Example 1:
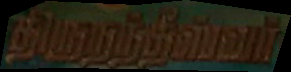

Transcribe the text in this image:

நந்தீஸ்வரர்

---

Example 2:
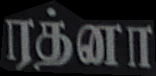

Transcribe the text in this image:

ரத்னா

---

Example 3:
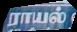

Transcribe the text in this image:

ராயல்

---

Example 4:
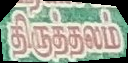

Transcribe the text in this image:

திருத்தலம்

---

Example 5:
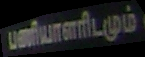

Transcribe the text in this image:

பணியாளரிடமும்